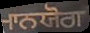
ਮਾਨਯੋਗ